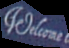
Welcome